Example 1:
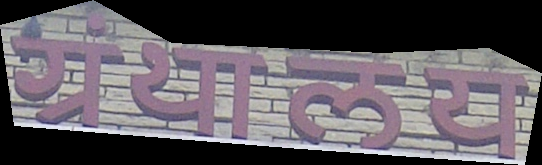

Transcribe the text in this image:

ग्रंथालय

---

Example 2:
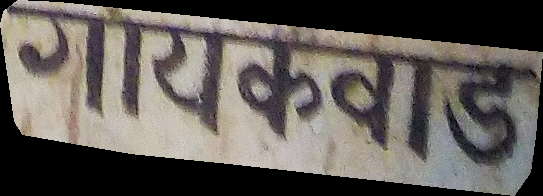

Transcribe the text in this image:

गायकवाड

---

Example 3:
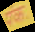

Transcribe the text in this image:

पॅक.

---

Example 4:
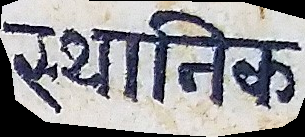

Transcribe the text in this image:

स्थानिक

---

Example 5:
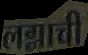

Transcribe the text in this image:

लग्नाची